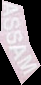
ASSAM